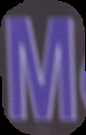
M